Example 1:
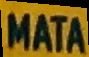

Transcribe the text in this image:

MATA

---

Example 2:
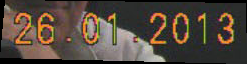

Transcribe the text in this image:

26.01.2013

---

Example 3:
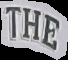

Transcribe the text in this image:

THE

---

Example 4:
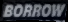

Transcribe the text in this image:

BORROW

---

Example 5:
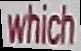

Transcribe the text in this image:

which